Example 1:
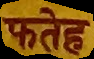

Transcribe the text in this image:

फतेह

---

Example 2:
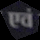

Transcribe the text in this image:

एवं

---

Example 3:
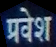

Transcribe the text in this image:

प्रवेश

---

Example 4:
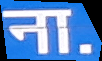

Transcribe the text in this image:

ना.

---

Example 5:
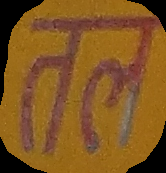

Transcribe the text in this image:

तल